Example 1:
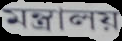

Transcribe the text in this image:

মন্ত্রালয়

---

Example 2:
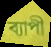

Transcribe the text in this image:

ব্যাপী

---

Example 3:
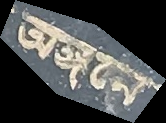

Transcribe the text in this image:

অঙ্গনে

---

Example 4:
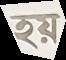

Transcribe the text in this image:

হয়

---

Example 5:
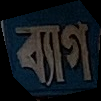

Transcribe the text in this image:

ব্যাগ